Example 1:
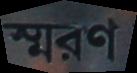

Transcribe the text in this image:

স্মরণ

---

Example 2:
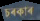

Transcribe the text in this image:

চৰকাৰ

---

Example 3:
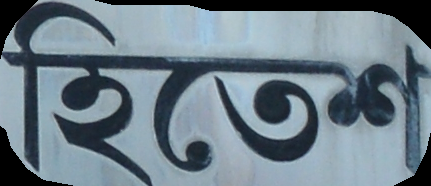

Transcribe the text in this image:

হিতেশ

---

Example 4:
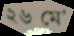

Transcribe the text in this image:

২৬ মে'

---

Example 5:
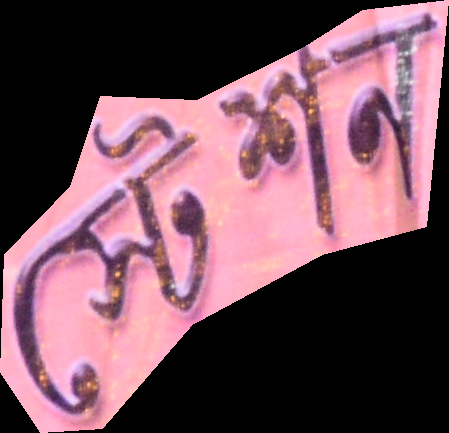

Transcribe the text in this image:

স্টেশন